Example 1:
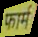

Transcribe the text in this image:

फार्म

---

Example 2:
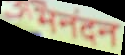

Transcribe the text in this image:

मेनंदन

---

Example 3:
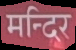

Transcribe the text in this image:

मन्दिर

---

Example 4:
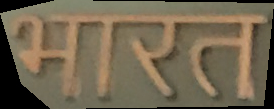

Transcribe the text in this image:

भारत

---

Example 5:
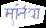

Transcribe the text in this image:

मुर्तिया